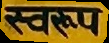
स्वरूप